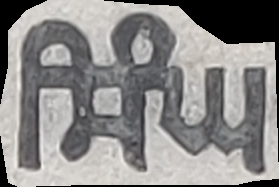
ਸਿੰਘ